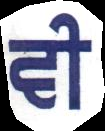
ਵੀ